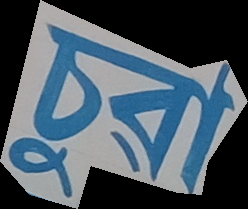
চুৱা